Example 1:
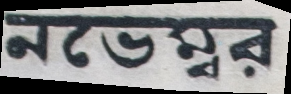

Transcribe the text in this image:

নভেম্বর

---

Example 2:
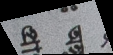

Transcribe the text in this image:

তঃ অস প্রা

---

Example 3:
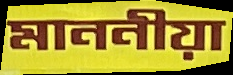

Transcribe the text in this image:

মাননীয়া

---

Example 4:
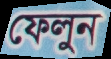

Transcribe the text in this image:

ফেলুন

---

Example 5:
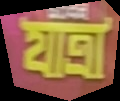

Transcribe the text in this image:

যাত্রা